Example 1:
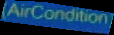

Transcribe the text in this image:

AirCondition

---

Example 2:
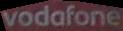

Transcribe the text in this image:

vodafone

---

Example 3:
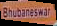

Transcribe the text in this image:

Bhubaneswar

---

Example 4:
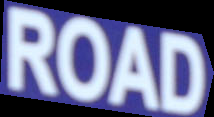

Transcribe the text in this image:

ROAD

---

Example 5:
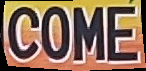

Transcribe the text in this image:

COME